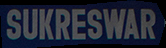
SUKRESWAR